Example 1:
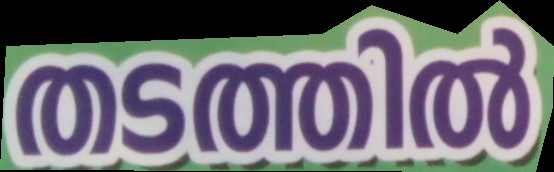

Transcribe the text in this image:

തടത്തിൽ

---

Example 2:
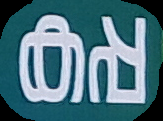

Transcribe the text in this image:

തപ്പ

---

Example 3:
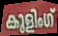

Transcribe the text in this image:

കുളിംഗ്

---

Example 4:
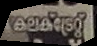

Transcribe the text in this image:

കലക്ട്രേറ്റി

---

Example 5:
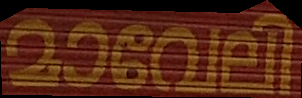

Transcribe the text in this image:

മാവേലി